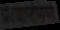
प्रत्यारोपण